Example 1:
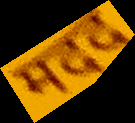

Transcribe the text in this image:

मदद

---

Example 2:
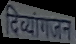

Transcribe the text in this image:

दिव्यांगजन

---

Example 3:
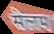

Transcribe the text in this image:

सेलम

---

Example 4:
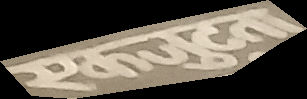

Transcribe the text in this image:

एकजुटता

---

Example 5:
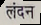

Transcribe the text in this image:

लंदन